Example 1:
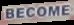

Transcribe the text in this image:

BECOME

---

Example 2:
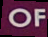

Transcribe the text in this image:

OF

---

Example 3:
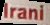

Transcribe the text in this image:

Irani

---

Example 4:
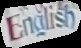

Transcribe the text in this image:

English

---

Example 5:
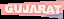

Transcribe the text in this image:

GUJARAT